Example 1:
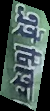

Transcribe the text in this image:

এই চিহ্নে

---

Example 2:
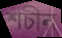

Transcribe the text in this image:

শচীন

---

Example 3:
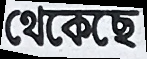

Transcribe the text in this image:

থেকেছে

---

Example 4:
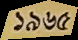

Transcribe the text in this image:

১৯৬৫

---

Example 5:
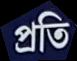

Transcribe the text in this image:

প্রতি